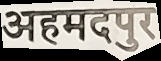
अहमदपुर